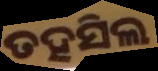
ତହସିଲ